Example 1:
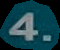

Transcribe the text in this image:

4.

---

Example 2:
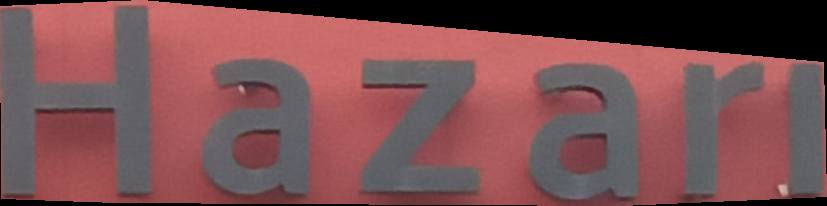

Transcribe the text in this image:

Hazari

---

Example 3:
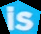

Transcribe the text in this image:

is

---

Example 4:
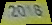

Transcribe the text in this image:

2016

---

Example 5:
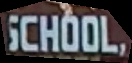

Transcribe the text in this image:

SCHOOL,